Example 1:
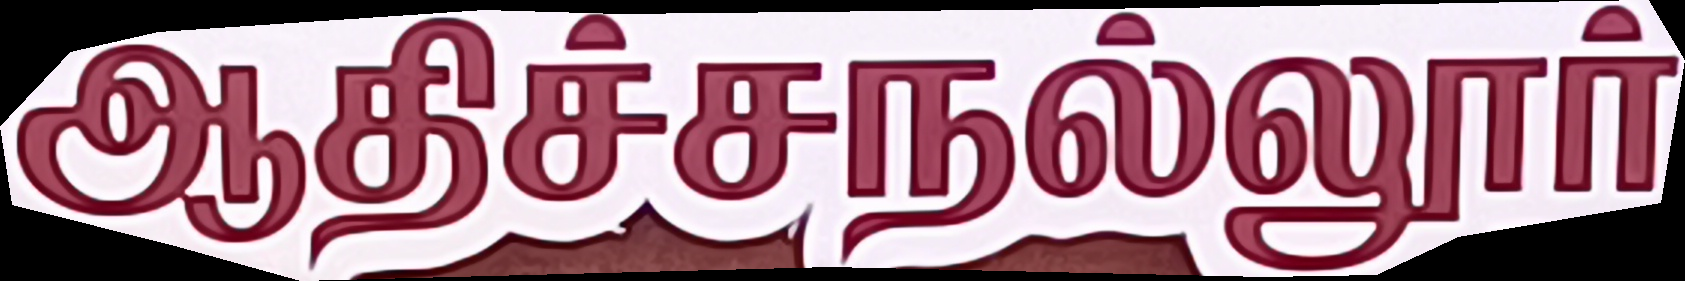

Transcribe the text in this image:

ஆதிச்சநல்லூா்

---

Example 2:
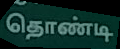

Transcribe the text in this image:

தொண்டி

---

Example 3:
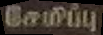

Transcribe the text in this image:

சேமிப்பு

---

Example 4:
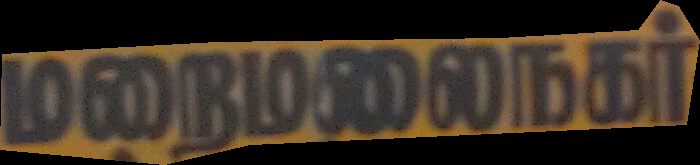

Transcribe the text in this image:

மறைமலைநகர்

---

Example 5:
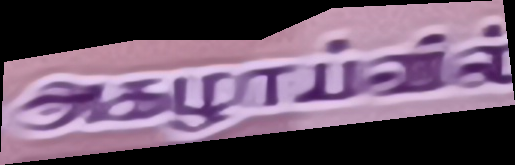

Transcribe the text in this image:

அகழாய்வில்